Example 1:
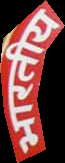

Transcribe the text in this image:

भारतीय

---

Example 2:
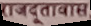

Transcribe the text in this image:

राजदूतावास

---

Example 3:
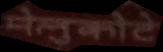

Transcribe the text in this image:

मेलुकोटे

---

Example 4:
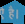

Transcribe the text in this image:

है।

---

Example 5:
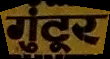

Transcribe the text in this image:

गुंटूर